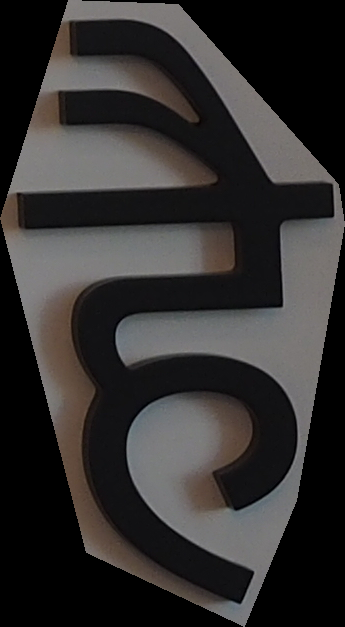
है